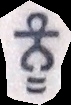
ਨੂੰ